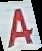
A